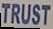
TRUST